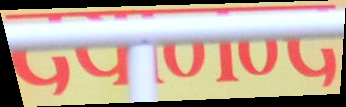
दयानन्द